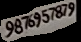
9876957879